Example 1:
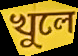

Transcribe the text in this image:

খুলে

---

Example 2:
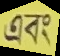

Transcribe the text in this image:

এবং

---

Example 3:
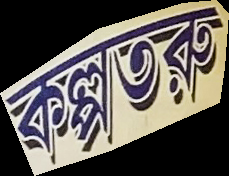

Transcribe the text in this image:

কল্পতরু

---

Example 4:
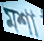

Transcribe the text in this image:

মশা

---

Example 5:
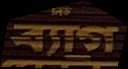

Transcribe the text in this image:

ব্যাগ